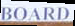
BOARD